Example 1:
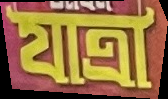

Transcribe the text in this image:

যাত্রা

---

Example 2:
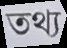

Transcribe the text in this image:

তথ্য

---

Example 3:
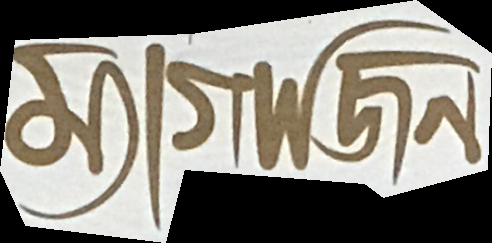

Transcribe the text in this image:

ম্যাগাজিন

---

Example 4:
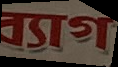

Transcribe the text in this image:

ব্যাগ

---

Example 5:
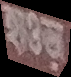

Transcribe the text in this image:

হাওড়া